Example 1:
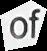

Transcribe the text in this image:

of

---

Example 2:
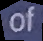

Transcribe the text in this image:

of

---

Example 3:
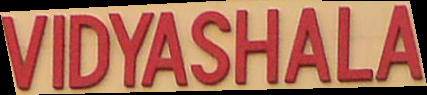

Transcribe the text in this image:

VIDYASHALA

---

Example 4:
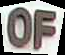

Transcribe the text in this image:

OF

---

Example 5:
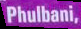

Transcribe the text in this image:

Phulbani,